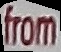
from